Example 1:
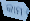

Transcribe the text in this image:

କାମ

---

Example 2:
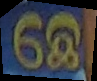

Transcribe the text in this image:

ଛେ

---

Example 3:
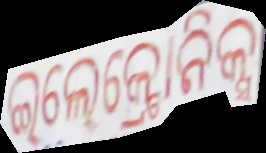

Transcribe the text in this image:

ଇଲେକ୍ଟ୍ରୋନିକ୍ପ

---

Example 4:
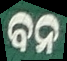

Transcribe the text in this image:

ବନ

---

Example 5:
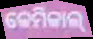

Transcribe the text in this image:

କେମିକାଲ